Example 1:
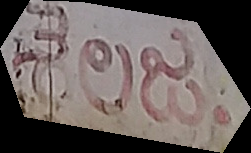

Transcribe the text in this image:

గోలజి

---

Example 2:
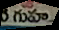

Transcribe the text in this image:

గుహ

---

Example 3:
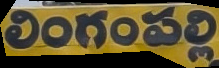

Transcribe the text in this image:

లింగంపల్లి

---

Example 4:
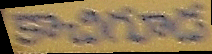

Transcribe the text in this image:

కాచిగూడ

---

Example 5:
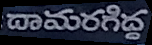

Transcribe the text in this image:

దామరగిద్ద